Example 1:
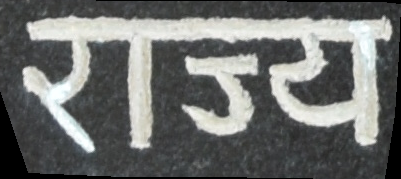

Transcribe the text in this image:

राज्य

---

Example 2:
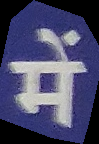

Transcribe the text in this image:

में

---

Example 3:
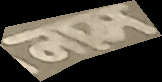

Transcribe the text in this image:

नाम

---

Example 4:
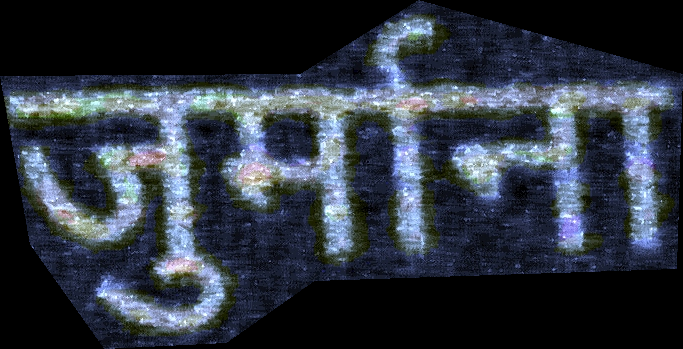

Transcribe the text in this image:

जुर्माना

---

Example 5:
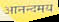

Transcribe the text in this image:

आनन्दमय